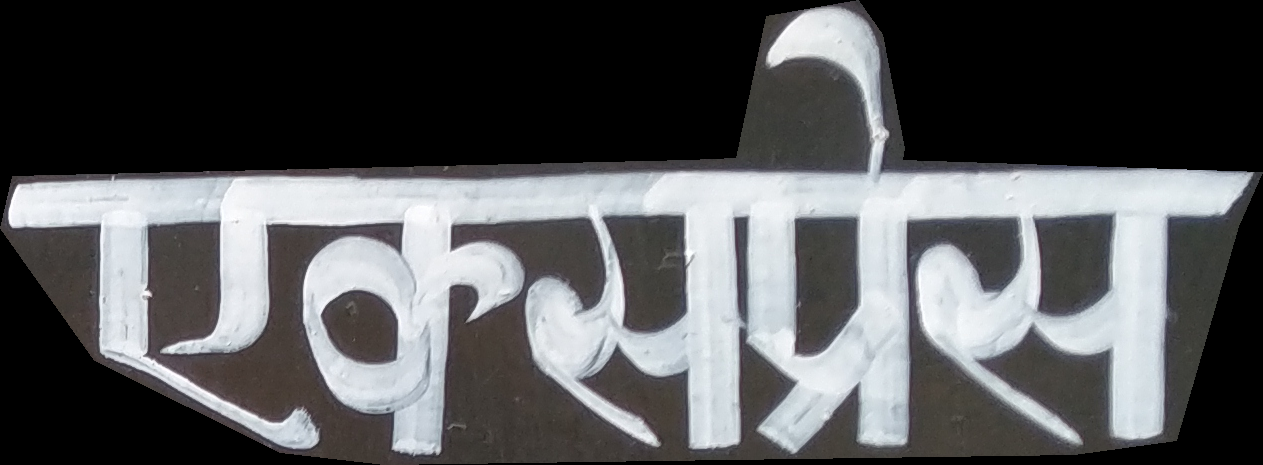
एक्सप्रेस